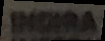
INDIRA